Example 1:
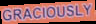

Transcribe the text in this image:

GRACIOUSLY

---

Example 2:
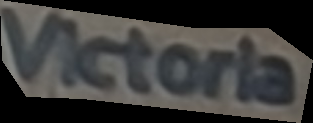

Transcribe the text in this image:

Victoria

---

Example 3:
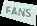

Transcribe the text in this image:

FANS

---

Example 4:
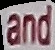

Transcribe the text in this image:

and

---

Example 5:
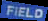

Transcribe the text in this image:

FIELD